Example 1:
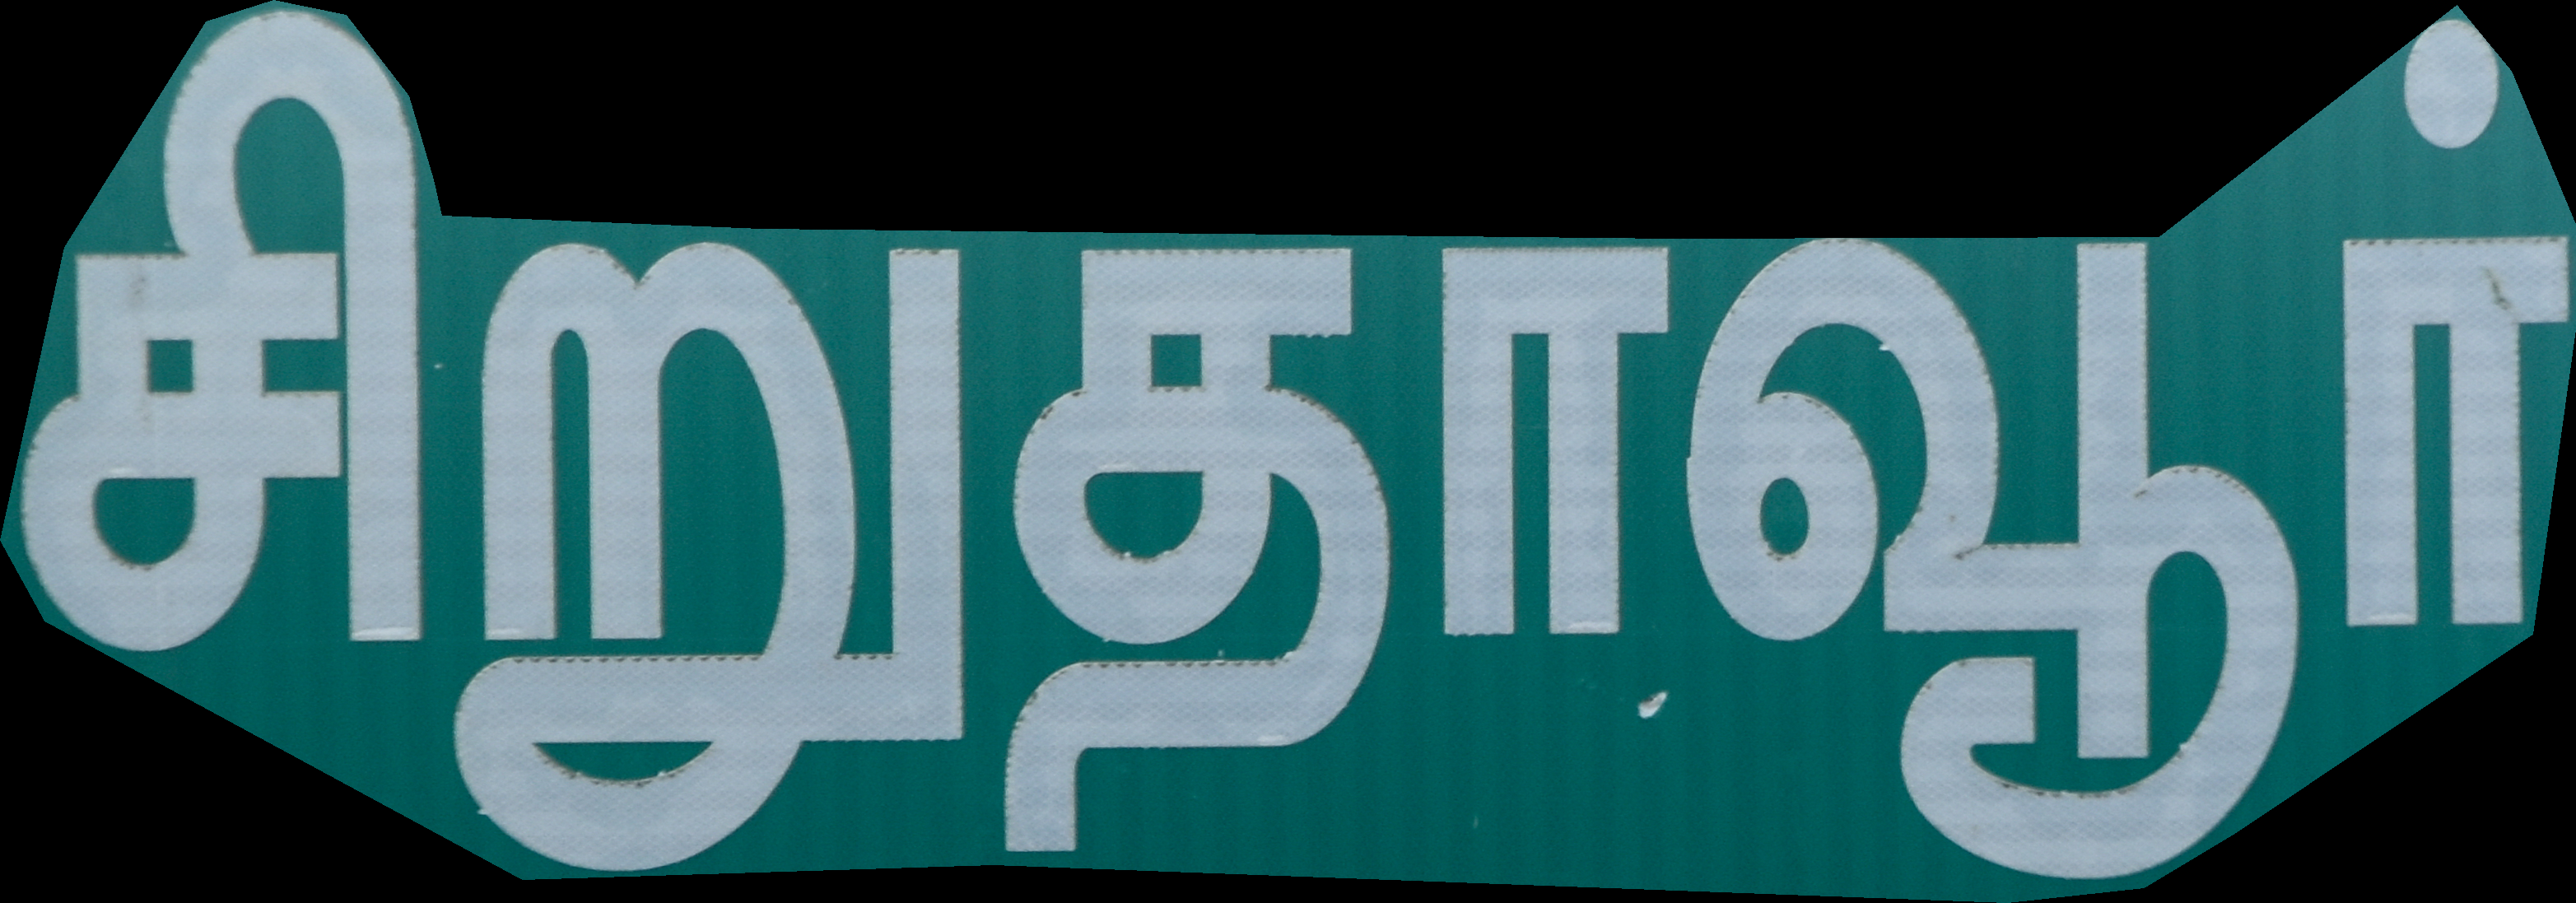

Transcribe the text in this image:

சிறுதாவூா்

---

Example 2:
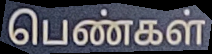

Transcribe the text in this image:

பெண்கள்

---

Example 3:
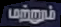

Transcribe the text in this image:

மற்றும்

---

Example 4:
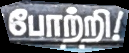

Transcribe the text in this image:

போற்றி!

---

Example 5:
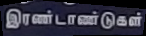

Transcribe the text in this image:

இரண்டாண்டுகள்